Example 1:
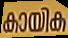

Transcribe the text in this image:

കായിക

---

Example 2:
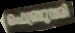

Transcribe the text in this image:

ഫെബ്രൂവരി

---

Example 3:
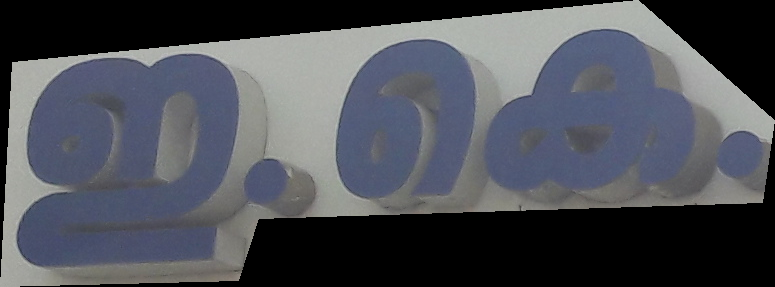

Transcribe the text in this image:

ഇ.കെ.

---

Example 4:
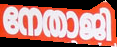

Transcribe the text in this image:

നേതാജി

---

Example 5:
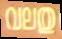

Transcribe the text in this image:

വലതു